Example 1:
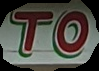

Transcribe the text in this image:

TO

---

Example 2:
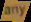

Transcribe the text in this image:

any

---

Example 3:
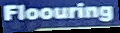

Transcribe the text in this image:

Floouring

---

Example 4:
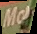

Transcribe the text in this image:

Mo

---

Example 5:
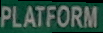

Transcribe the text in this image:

PLATFORM